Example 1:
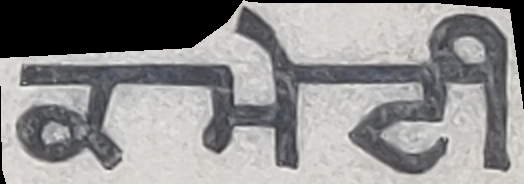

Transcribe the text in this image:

ਕਮੇਈ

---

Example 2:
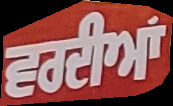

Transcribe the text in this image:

ਵਰਦੀਆਂ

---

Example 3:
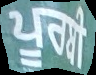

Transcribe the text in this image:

ਪੂਰਬੀ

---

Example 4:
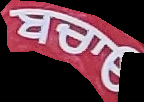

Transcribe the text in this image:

ਬਚਾ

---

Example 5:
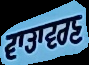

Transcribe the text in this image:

ਵਾਤਾਵਰਣ